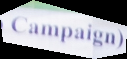
Campaign)